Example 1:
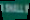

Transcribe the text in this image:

SHALL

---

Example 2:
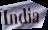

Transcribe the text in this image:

India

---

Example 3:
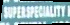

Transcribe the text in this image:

SUPERSPECIALITY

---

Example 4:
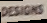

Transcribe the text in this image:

DESIGNS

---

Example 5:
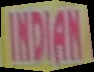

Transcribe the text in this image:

INDIAN